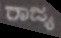
ರಾಜ್ಯ